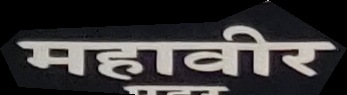
महावीर